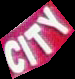
CITY